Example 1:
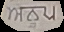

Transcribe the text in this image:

ਅਨੂਪ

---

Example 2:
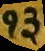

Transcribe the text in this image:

੧੩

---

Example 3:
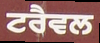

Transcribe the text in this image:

ਟਰੈਵਲ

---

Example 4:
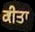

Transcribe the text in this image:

ਕੀਤਾ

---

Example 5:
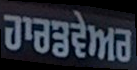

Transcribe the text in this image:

ਹਾਰਡਵੇਅਰ